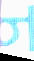
ન